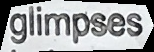
glimpses